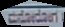
ಮನೋರೋಗ